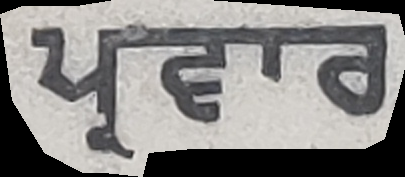
ਪ੍ਰਵਾਰ